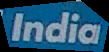
India